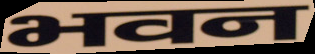
भवन